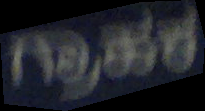
ಗ್ರಾಹಕ